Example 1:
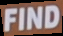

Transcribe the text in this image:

FIND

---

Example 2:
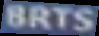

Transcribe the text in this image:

BRTS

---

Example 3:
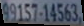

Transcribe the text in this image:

99157-14563,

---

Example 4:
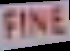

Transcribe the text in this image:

FINE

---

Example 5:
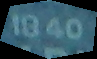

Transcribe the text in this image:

1840